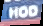
HOD